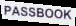
PASSBOOK